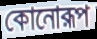
কোনোরূপ